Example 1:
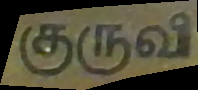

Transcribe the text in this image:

கு௫வி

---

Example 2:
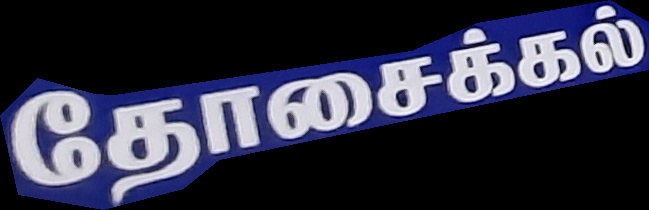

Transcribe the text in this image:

தோசைக்கல்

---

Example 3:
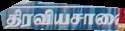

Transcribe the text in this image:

திரவியசாலை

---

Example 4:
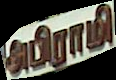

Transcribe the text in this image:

அபிராமி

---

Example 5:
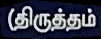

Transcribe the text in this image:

(திருத்தம்